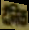
दैनिक